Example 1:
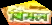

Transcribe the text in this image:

विमल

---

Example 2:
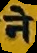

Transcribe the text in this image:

ने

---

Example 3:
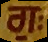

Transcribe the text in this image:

गੁ:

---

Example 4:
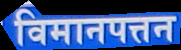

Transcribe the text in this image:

विमानपत्तन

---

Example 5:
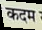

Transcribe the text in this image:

कदम